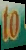
to